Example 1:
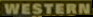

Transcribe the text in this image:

WESTERN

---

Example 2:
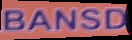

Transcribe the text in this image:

BANSD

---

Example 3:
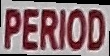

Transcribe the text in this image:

PERIOD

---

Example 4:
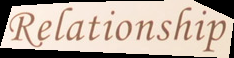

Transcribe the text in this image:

Relationship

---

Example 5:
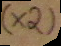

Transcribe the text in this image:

(x2)